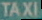
TAXI